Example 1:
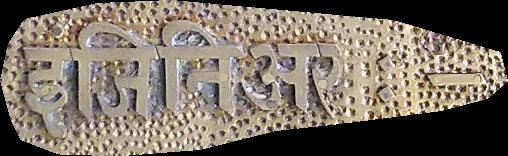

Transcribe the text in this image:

इजिनिअर:-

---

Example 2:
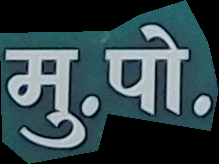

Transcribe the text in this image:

मु.पो.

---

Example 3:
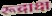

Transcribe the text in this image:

रूद्राक्ष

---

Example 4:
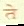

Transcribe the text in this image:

त‍े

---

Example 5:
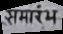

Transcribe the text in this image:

समारंभ